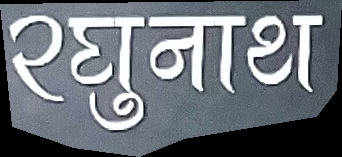
२घुनाथ